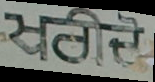
ਖਰੀਦੋ